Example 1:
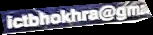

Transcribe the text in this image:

Ictbhokhra@gma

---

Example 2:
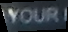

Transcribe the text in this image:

YOUR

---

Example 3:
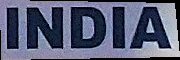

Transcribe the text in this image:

INDIA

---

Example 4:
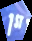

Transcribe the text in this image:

1ST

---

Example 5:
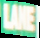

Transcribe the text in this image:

LANE